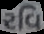
રવિ